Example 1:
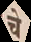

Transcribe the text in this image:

चे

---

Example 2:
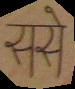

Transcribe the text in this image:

ससे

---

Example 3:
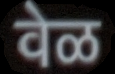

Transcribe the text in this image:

वेळ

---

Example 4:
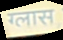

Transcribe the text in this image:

ग्लास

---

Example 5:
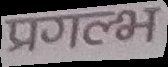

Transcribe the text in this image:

प्रगल्भ